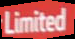
Limited